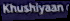
Khushiyaan